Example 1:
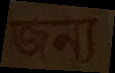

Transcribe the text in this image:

জন্য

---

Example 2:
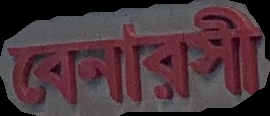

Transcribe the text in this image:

বেনারসী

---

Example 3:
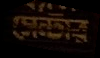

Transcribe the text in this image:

সেন্টার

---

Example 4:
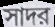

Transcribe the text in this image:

সাদর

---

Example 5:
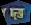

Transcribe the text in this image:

দয়